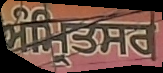
ਅੰਮ੍ਰਿਤਸਰ